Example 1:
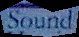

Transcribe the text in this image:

Sound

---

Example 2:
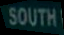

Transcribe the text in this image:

SOUTH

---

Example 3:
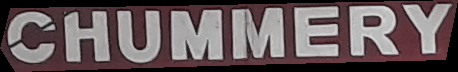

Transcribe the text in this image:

CHUMMERY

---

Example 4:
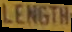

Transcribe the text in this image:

LENGTH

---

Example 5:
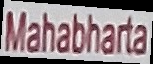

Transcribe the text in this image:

Mahabharta